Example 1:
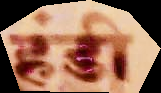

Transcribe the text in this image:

हंडी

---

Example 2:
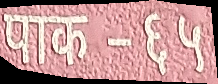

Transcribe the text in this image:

पाक-६५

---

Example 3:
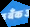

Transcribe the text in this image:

बँक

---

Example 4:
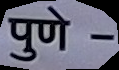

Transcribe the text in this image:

पुणे-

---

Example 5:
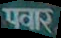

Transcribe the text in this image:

पवार